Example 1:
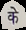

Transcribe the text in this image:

के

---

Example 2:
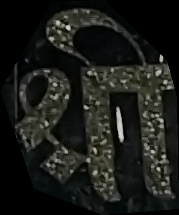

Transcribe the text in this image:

श्री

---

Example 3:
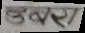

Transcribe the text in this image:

डबरा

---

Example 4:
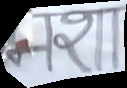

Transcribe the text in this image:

नशा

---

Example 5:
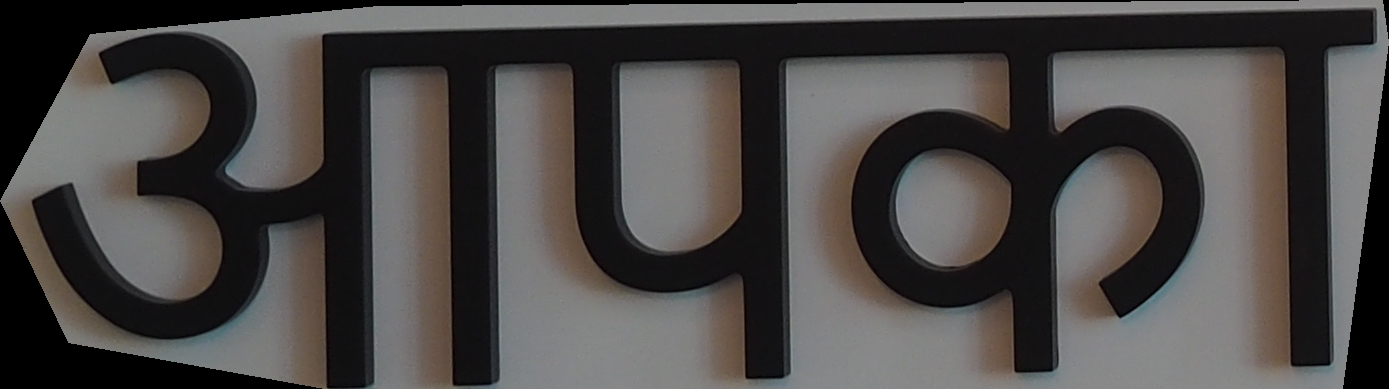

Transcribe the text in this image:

आपका